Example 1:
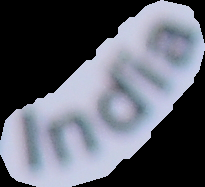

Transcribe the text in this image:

India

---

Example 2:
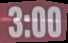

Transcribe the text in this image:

3:00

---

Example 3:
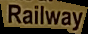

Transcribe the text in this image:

Railway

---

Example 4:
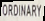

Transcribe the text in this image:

ORDINARY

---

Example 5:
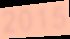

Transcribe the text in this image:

2015